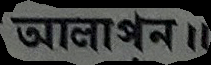
আলাগন ॥